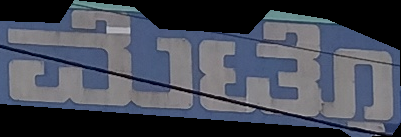
ಮಟೊ